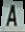
A